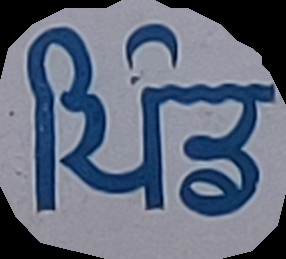
ਪਿੰਡ